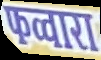
फव्वारा